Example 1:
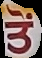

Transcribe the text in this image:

ਤੋਂ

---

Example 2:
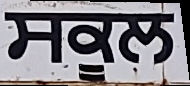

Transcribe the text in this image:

ਸਕੂਲ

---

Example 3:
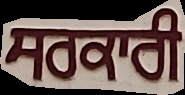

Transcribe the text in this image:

ਸਰਕਾਰੀ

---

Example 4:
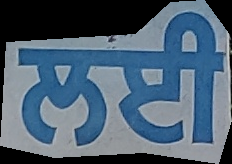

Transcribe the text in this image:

ਲਈ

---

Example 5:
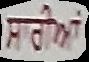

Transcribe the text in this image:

ਸਾਰੀਆਂ